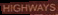
HIGHWAYS